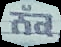
ਨੱਕ